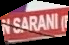
N SARANI